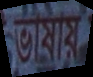
ভাষায়